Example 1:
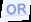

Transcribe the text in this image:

OR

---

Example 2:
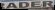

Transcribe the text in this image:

RADER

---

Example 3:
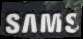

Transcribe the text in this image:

SAMS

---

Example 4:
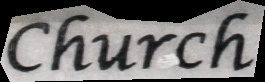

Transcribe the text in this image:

Church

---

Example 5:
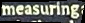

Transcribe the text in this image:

measuring